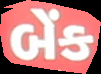
બેંક